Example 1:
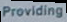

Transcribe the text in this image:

Providing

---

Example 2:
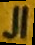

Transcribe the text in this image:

JI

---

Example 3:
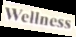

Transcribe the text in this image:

Wellness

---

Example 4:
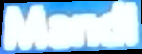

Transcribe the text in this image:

Mandi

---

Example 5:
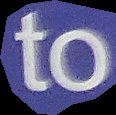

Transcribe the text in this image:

to